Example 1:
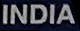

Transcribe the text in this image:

INDIA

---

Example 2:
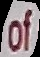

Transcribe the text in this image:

of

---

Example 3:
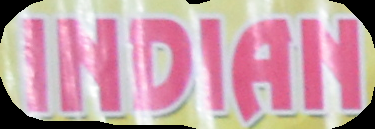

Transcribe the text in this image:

INDIAN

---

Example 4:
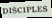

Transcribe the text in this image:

DISCIPLES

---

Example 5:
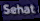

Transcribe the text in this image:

Sehat